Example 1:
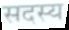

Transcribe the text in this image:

सदस्य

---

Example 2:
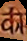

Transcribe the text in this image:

की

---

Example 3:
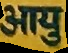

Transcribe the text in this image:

आयु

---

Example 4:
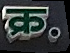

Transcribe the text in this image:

क्र.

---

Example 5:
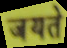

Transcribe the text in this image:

जयते